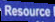
Resource